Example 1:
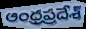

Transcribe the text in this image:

ఆంధ్రప్రదేశ్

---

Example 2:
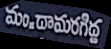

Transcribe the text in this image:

మం. దామరగిద్ద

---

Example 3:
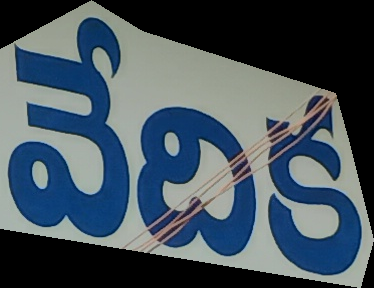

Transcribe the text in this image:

వేదిక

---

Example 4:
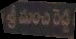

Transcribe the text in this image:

శ్రీ మంచి రెడ్డి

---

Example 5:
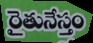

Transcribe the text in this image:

రైతునేస్తం